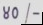
४०/-